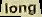
long